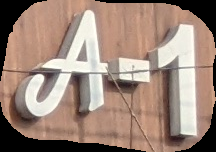
A-1